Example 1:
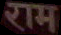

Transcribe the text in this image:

राम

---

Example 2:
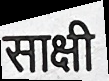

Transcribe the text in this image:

साक्षी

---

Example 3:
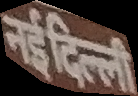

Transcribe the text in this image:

नई दिल्ली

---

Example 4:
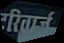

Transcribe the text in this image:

रिचा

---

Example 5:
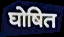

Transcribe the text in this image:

घोषित